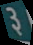
३